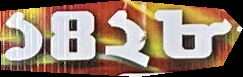
১৪২৮